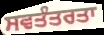
ਸਵਤੰਤਰਤਾ